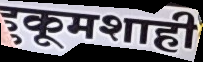
हुकूमशाही